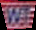
WT